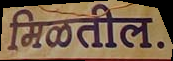
मिळतील.